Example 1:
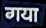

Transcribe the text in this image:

गया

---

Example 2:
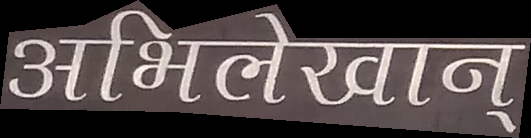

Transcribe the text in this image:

अभिलेखान्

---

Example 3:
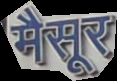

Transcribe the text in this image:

मैसूर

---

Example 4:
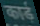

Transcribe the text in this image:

कार्ड़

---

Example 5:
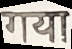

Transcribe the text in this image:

गया